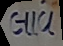
લાવે